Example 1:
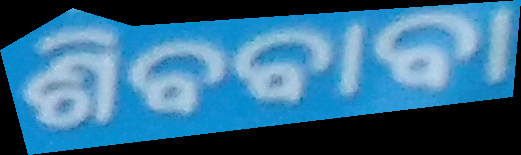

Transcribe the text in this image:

ଶିବବାବା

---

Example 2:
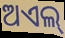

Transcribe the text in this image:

ଅଏଲ୍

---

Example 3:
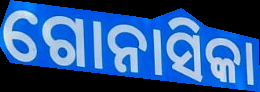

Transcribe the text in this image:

ଗୋନାସିକା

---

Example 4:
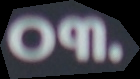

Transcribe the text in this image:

୦୩,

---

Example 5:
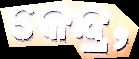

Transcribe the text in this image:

କେନ୍ର,